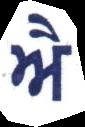
ਐ